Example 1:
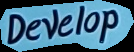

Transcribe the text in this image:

Develop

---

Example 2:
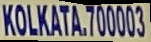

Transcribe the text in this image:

KOLKATA.700003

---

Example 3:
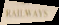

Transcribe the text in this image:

RAILWAYS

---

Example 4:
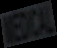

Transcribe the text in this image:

MEDICAL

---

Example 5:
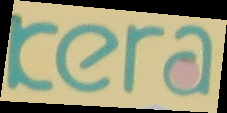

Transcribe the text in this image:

kera